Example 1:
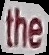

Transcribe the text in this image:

the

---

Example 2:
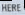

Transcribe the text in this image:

HERE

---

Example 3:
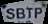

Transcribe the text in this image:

SBTP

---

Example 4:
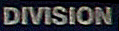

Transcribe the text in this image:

DIVISION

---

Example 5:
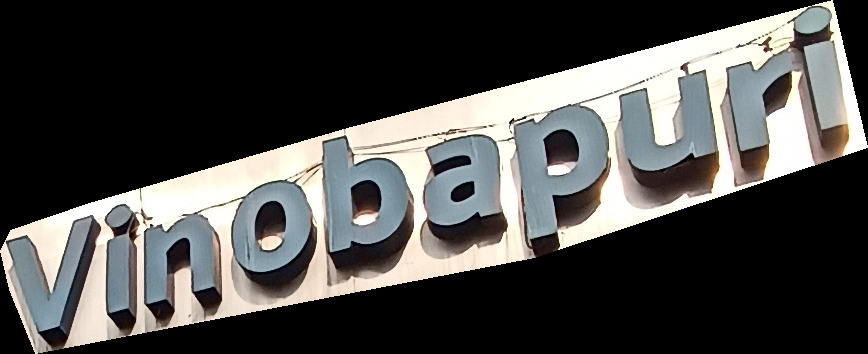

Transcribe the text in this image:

Vinobapuri